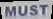
MUST